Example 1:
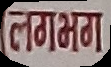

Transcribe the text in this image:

लगभग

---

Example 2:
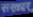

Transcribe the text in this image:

सरकार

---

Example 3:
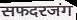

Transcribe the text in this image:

सफदरजंग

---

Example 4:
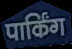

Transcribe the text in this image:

पार्किंग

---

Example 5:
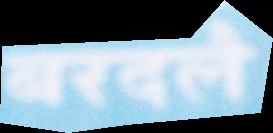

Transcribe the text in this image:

बरदले